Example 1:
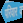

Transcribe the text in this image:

परिवार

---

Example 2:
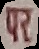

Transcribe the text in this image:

प‍र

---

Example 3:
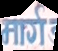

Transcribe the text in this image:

मार्ग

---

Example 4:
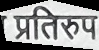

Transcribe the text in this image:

प्रतिरुप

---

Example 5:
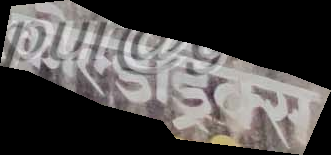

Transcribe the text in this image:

कोल्डड्रिक्स​